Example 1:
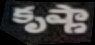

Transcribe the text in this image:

కృష్ణా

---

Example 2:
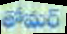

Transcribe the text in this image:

తోమర్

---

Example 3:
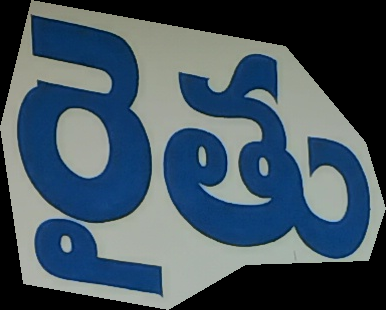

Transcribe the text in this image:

రైతు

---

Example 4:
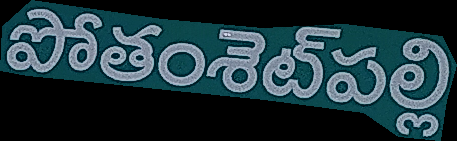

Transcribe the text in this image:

పోతంశెట్పల్లి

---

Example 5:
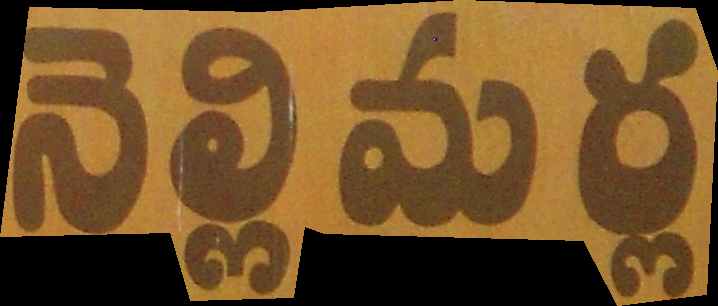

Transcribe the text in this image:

నెల్లిమర్ల